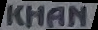
KHAN